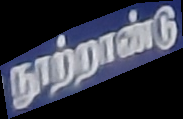
நூற்றரண்டு